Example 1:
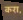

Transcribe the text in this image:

करा.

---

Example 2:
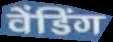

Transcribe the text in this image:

वेंडिंग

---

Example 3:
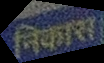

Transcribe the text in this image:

निकास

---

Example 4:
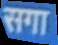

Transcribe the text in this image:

सगा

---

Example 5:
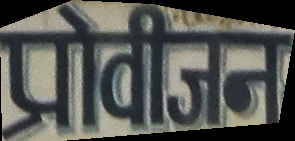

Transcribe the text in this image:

प्रोवीजन